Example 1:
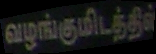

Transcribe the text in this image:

வழங்குமிடத்தில்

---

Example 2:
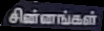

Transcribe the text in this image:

சின்னங்கள்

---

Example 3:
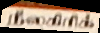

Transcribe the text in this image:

நீலகிாிக்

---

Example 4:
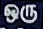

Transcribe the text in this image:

ஒரு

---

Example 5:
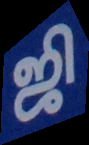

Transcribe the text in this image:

ஜி